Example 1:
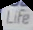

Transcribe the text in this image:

Life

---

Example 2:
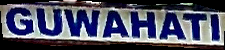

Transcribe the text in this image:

GUWAHATI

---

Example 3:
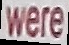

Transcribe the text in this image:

were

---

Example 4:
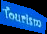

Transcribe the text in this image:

Tourism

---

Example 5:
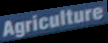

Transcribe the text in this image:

Agriculture